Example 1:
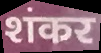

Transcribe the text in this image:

शंकर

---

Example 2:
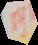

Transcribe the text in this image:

प्रभु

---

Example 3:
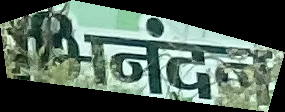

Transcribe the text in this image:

नंद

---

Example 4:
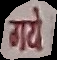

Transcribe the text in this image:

गये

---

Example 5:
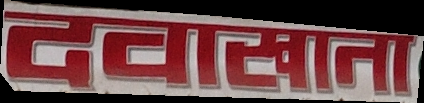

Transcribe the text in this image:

दवाखाना